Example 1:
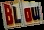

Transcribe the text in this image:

BLOW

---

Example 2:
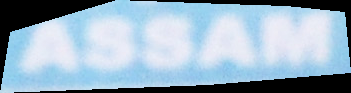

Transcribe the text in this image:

ASSAM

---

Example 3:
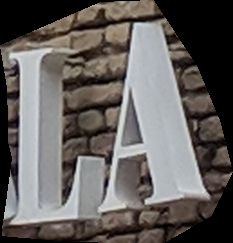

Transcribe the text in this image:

LA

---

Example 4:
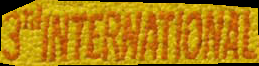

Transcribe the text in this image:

3"INTERNATIONAL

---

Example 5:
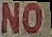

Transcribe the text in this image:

NO